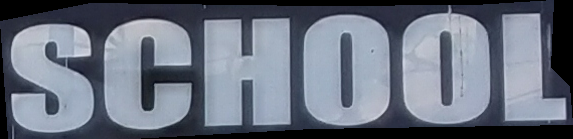
SCHOOL